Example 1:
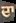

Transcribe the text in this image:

ਦਾ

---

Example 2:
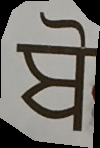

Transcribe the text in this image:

ਬੋ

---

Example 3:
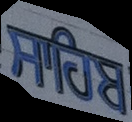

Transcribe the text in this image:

ਸਾਹਿਬ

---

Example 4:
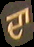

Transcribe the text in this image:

ਦਾ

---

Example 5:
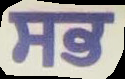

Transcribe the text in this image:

ਸਭ